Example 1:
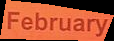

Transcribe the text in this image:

February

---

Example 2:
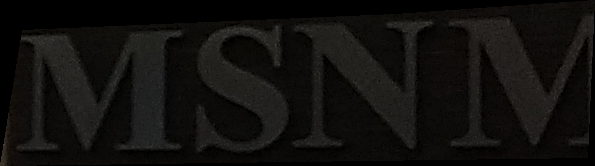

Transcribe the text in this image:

MSNM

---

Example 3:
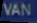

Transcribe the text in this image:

VAN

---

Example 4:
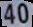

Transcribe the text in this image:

40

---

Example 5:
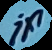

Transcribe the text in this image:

if